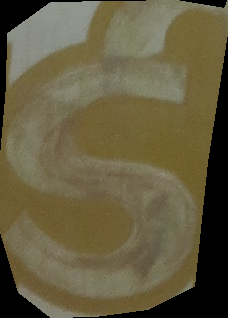
ડ